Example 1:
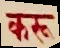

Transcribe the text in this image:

करू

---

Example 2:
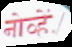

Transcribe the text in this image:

नोव्हें./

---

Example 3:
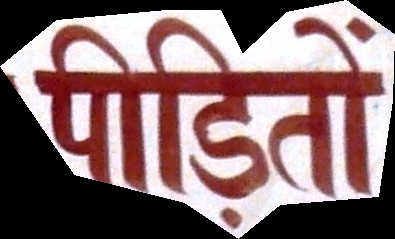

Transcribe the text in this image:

पीड़ितों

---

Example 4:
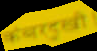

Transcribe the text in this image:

कंबरदुखी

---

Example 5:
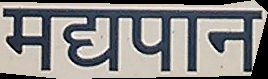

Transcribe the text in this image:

मद्यपान